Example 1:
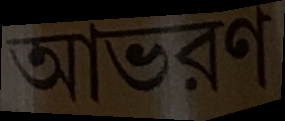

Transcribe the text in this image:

আভরণ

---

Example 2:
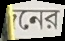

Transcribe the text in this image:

নের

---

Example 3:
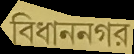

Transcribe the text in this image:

বিধাননগর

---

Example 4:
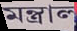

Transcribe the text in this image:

মন্ত্রাল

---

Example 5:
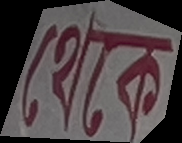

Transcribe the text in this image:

থেকে